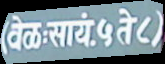
(वेळ : सायं.५ ते ८)